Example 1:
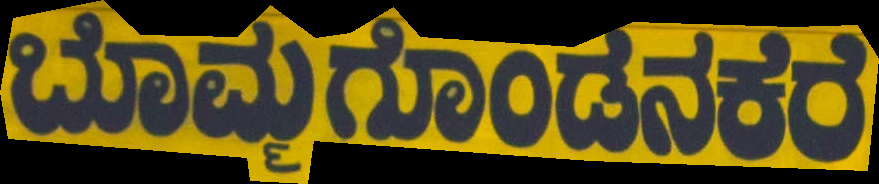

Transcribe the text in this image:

ಬೊಮ್ಟಗೊಂಡಕರೆ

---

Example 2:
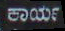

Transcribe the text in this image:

ಕಾಯ೯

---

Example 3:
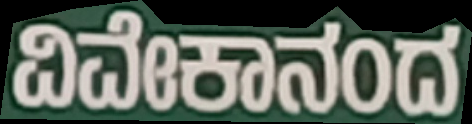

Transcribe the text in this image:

ಐವೇಕಾನಂದ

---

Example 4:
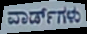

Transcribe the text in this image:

ವಾರ್ಡ್‌ಗಳು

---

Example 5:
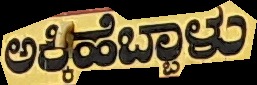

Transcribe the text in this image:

ಅಕ್ಕಿಹೆಬ್ಬಾಳು